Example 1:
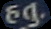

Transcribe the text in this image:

હતુ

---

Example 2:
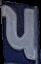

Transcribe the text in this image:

પ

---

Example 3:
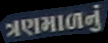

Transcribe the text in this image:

ત્રણમાળનું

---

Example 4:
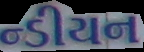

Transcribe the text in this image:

ન્ડીયન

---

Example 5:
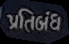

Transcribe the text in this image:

પ્રતિબંધ